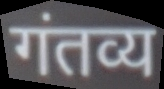
गंतव्य